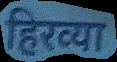
हिरव्या